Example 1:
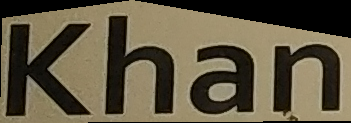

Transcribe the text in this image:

Khan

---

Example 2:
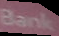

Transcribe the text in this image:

Bank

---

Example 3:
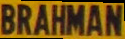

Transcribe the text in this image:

BRAHMAN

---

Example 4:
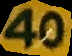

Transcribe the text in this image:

40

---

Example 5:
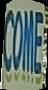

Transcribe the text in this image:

COME